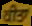
ਕੀਤਾ